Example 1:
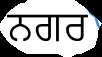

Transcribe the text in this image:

ਨਗਰ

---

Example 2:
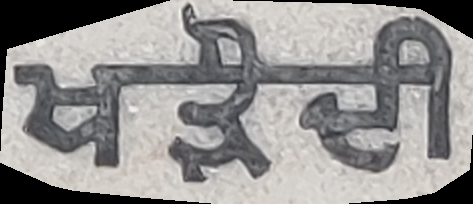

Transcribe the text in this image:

ਖੜੌਦੀ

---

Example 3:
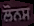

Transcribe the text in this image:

ਲੋਨਸ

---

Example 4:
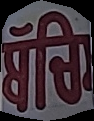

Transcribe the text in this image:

ਬੱਚਿ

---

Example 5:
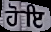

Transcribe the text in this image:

ਹੋਇ